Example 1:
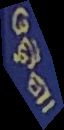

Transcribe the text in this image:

ଓଡ଼ିଶା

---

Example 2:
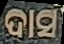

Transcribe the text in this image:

ଦାସ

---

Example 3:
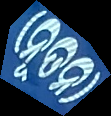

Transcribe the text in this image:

(ନୂତନ)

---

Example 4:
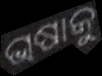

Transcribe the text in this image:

ଭାଷାକୁ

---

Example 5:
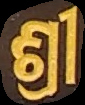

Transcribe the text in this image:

ଶ୍ରୀ